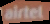
airtel